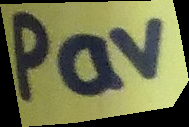
Pav